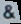
&